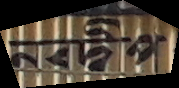
নবদ্বীপ